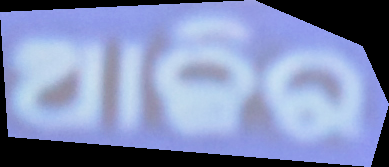
ଆଜିର